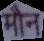
मौन